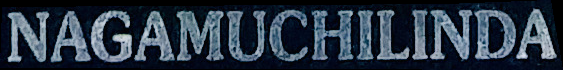
NAGAMUCHILINDA